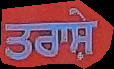
ਤਰਾਸ਼ੇ